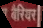
बैरियर।